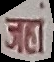
जहां